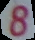
8